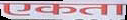
एकता